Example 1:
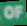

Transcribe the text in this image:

OF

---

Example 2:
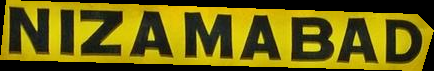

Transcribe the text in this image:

NIZAMABAD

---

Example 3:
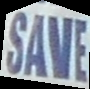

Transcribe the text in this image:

SAVE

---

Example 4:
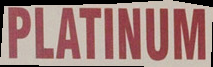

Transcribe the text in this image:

PLATINUM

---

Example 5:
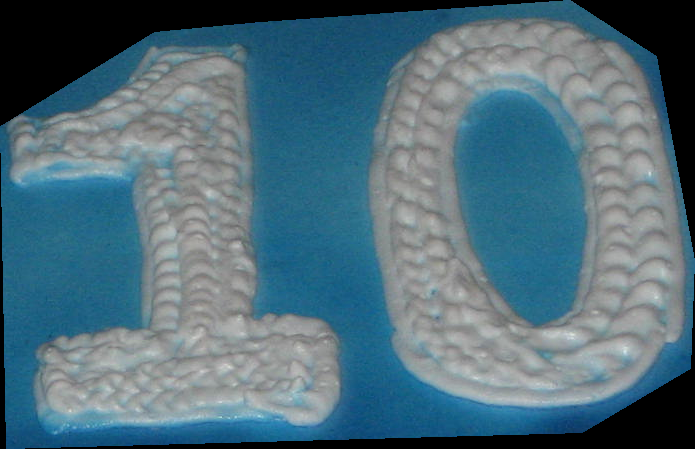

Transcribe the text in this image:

10